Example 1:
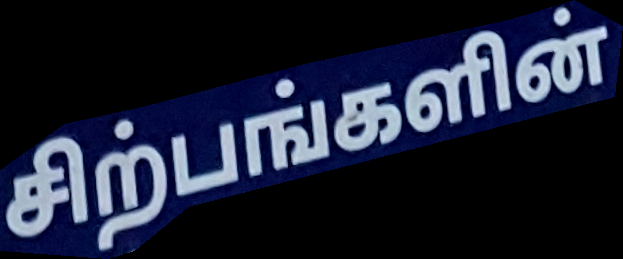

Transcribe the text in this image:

சிற்பங்களின்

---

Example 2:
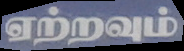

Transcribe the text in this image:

ஏற்றவும்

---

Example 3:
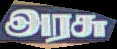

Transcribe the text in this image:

அரசு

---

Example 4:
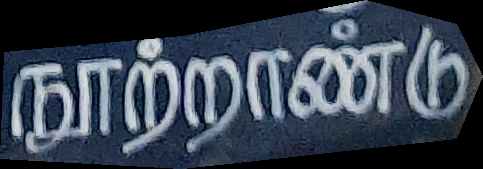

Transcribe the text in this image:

நூற்றரண்டு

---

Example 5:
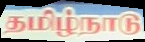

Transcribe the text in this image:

தமிழ்நாடு